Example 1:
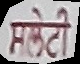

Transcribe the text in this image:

ਸਲੇਟੀ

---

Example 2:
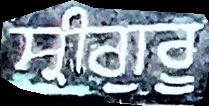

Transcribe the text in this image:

ਸ੍ਰੀਗੁਰੂ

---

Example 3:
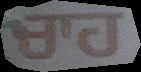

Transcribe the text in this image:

ਚਾਹ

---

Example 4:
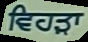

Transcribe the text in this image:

ਵਿਹੜਾ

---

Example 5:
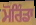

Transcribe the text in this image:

ਮੋਰਿੰਡ